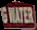
WATER